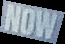
NOW